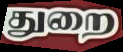
துறை